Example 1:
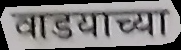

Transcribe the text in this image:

वाडयाच्या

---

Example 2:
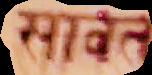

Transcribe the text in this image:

सावत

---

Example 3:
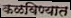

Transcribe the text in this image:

कळविण्यात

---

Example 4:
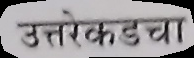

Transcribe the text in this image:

उत्तरेकडचा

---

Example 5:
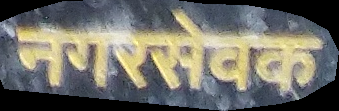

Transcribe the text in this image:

नगरसेवक